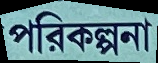
পরিকল্পনা